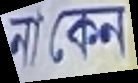
নাকেন